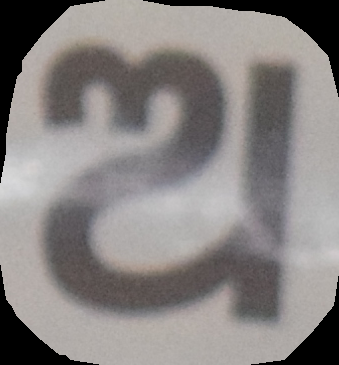
ଅ